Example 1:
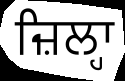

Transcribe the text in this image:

ਜ਼ਿਲ੍ਹਾ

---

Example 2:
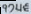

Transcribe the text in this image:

੧੭੫੬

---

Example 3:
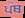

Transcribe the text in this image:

ਪੰਥ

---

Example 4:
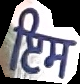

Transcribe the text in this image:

ਇਸ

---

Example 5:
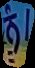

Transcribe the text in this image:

ਨੂੰ।